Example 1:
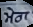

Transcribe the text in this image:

ਮੇਰਾ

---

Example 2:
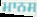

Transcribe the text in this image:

ਮਾਨਸ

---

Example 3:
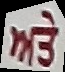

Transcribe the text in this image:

ਅਤੇ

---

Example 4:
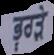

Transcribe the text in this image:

ਭੂਰੜੇ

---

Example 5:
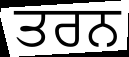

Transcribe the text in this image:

ਤਰਨ